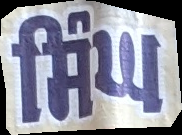
ਸਿੰਘ